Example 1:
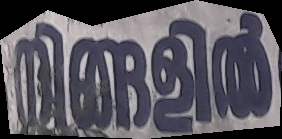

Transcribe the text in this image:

നിങ്ങളിൽ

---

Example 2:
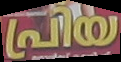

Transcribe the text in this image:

പ്രിയ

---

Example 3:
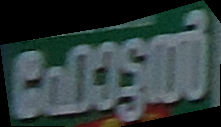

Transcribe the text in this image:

ഹോട്ടൽ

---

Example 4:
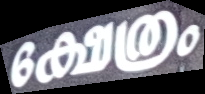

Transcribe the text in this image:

ക്ഷേത്രം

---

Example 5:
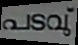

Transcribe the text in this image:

പടവു്